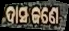
ଦାସ ଜଣେ